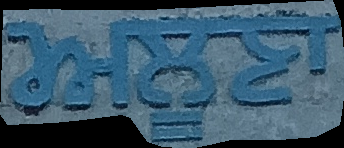
ਅਲੂਣਾ